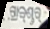
ଶ୍ରାବ୍‌ୟୁର